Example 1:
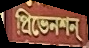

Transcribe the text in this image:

প্রিভেনশন্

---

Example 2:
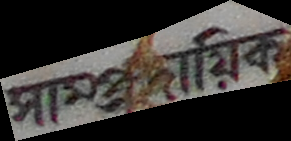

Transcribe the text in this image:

সাম্প্রদায়িক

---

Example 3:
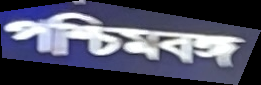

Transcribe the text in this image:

পশ্চিমবঙ্গ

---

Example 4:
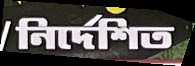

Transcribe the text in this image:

/নির্দেশিত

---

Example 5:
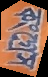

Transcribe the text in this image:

কংগ্রেস